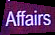
Affairs